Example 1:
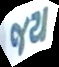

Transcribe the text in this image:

જય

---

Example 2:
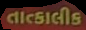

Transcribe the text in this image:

તાત્કાલીક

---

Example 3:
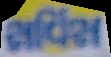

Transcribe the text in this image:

સર્વિસ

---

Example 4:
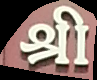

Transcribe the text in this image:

શ્રી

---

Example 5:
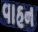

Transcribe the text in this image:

વાહન